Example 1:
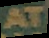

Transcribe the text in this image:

AT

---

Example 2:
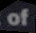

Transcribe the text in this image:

of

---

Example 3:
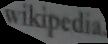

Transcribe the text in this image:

wikipedia.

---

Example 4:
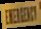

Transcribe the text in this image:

EMERGENCY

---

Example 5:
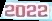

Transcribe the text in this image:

2022